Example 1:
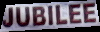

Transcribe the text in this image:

JUBILEE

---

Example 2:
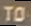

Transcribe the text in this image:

TO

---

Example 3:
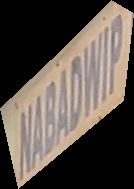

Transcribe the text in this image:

NABADWIP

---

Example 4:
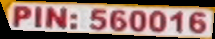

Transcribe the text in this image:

PIN:560016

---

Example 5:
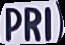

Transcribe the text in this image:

PRI